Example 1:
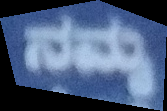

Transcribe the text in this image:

ನಮ್ಶ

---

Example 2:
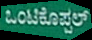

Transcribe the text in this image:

ಒಂಟಿಕೊಪ್ಪಲ್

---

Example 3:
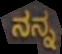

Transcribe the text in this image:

ನನ್ನ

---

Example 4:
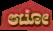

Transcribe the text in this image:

ಆಟೋ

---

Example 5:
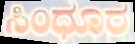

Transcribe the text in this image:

ಸಿಂಧೂರ